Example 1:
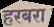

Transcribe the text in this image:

हरबरा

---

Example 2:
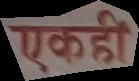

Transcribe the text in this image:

एकहीं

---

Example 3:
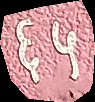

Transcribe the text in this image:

६५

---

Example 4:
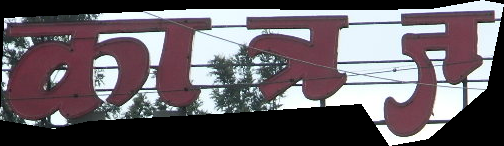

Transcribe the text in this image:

कात्रज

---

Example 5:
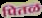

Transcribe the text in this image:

पितळ